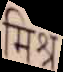
मिश्र